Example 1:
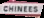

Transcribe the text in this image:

CHINEES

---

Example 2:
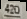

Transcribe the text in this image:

420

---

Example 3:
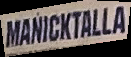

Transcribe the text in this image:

MANICKTALLA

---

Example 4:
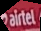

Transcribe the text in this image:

airtel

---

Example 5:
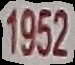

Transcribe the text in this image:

1952